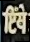
ਇਂਥੇ